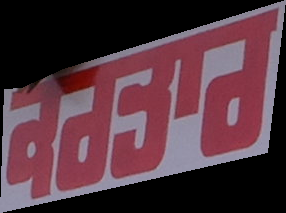
ਕਰਤਾਰ